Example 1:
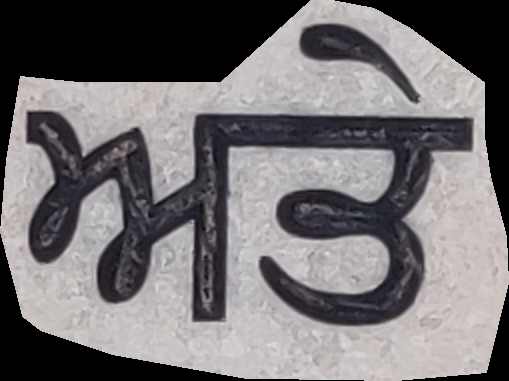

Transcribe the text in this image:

ਅਤੇ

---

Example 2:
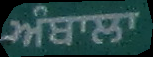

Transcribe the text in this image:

ਅੰਬਾਲਾ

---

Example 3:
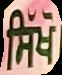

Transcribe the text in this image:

ਸਿੱਖੋ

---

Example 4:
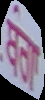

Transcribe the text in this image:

ਬੇਗਾ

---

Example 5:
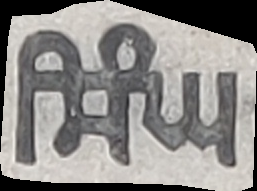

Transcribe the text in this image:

ਸਿੰਘ